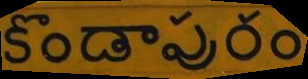
కొండాపురం